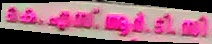
കെ.എസ്.ആർ.ടി.സി